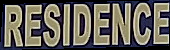
RESIDENCE